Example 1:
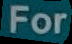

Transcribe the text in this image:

For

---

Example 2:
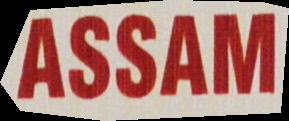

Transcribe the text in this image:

ASSAM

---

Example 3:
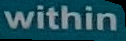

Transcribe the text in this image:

within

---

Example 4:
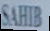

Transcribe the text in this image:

SAHIB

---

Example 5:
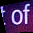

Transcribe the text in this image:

of